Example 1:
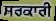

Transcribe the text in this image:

ਸਰਕਾਰੀ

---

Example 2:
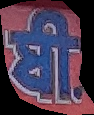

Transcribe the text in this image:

ਬੀ.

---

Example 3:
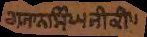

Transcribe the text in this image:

ਗਯਾਨਸਿੰਘਜੀਕੀ"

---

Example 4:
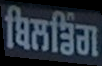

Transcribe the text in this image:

ਬਿਲਡਿੰਗ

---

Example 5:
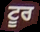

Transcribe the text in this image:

ਟੂਰ